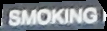
SMOKING